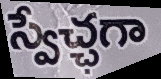
స్వేచ్ఛగా